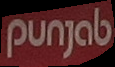
punjab